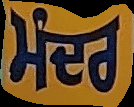
ਮੰਦਰ